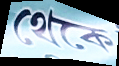
থেকে